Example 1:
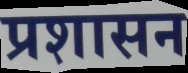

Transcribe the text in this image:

प्रशासन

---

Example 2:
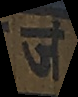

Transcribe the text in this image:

जं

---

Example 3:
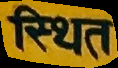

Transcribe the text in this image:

स्थित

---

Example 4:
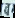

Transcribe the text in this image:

व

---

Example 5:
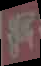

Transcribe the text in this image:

शुद्ध